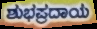
ಶುಭಪ್ರದಾಯ